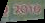
2016